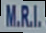
M.R.I.